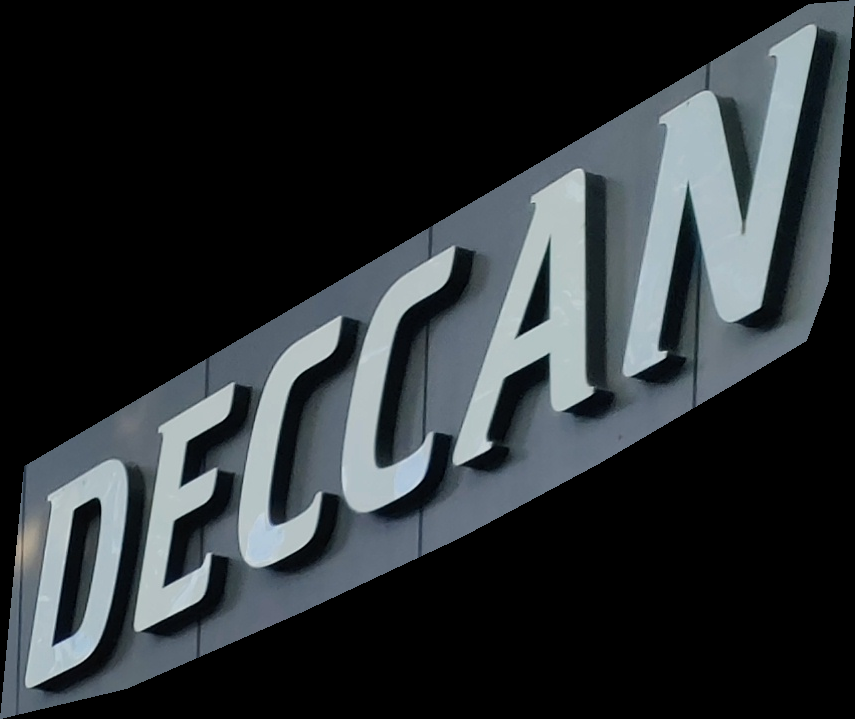
DECCAN